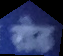
रोड